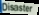
Disaster